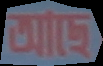
আছে